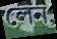
লেন